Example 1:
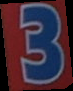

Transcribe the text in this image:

3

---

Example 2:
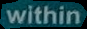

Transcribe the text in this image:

within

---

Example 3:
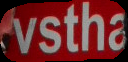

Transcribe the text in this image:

vstha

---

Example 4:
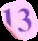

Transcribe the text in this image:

13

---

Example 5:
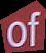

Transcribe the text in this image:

of